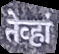
तेव्हां